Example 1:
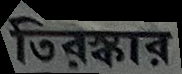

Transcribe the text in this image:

তিরস্কার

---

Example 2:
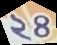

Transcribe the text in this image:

২৪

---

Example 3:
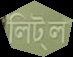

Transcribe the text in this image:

লিট্ল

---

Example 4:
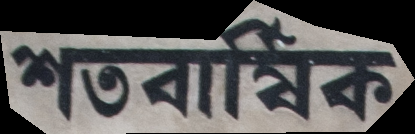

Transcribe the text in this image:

শতবার্ষিক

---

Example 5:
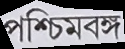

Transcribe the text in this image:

পশ্চিমবঙ্গ